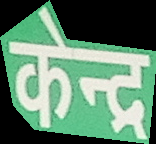
केन्द्र